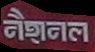
नैशनल